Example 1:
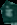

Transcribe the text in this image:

के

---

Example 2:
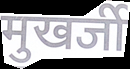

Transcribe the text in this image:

मुखर्जी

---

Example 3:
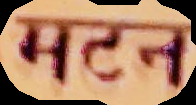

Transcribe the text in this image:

मटन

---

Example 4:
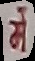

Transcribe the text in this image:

में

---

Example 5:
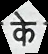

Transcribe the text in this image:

के